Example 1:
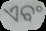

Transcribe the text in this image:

ଏବଂ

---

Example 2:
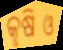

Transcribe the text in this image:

କୃଷି ଓ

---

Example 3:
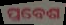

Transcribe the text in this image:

ପ୍ରବେଶ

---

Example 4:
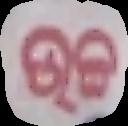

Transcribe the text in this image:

ଉଚ୍ଚ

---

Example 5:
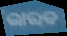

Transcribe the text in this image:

ଭାରତ